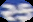
સ્ક